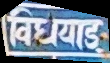
विधयाङ्